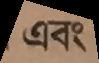
এবং